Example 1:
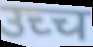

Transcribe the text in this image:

उच्च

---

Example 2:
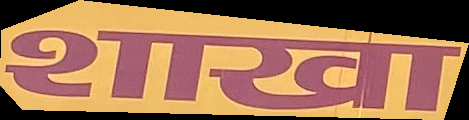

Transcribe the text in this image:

शाखा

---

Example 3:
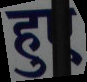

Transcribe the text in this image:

हुए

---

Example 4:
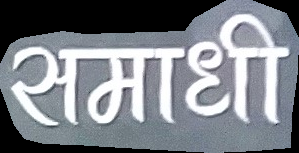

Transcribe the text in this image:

समाधी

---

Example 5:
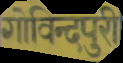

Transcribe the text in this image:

गोविन्दपुरी